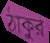
ঠাকুর